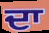
ਦਾ